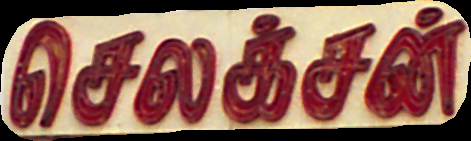
செலக்சன்